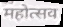
महोत्सव